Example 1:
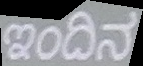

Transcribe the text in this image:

ಇಂದಿನ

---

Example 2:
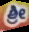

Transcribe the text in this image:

ಶ್ರೀ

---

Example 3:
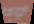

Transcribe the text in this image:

ಆಫ್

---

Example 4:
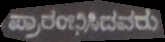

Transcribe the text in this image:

ಪ್ರಾರಂಭಿಸಿದವರು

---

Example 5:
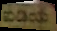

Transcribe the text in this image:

ಐಡಿಯ